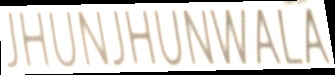
JHUNJHUNWALA